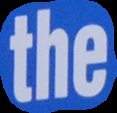
the